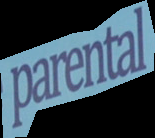
parental